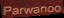
Parwanoo